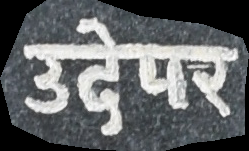
उदेपर